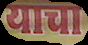
याचा